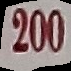
200